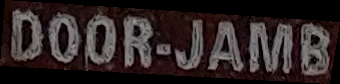
DOOR-JAMB